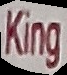
King